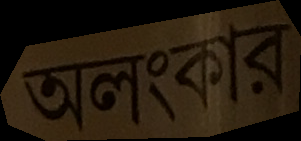
অলংকার